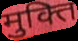
मुक्ति